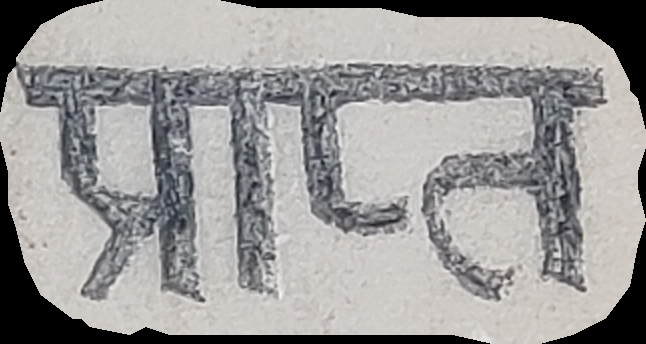
प्राप्त